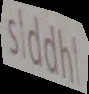
siddhi